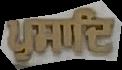
ਪ੍ਰਸਾਦਿ